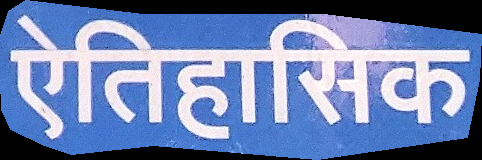
ऐतिहासिक